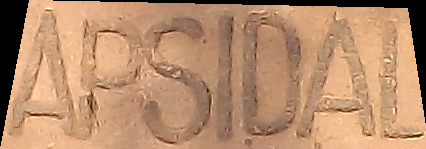
APSIDAL